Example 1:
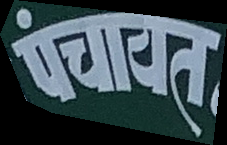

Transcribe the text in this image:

पंचायत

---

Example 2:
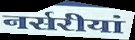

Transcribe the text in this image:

नर्सरीयां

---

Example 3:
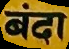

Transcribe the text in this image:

बंदा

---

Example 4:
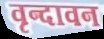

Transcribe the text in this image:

वृन्दावन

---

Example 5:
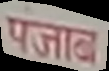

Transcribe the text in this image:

पंजाब